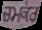
ਚਮਕਂਰ